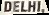
DELHI,